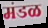
मंडळ